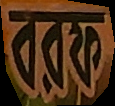
বরফ